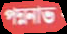
পদ্মনাভ